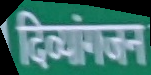
दिव्यांगजन